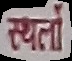
स्थलों